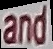
and